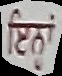
ਇਨ੍ਹਾਂ